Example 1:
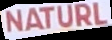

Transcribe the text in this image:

NATURL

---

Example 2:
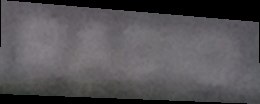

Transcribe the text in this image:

RADIO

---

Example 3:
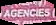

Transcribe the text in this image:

AGENCIES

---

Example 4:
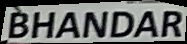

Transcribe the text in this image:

BHANDAR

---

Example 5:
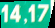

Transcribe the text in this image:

14,17